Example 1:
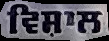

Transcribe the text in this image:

ਵਿਸ਼ਾਲ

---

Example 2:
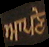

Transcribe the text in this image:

ਆਪਣੇ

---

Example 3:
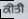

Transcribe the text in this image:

ਕੀਤੀ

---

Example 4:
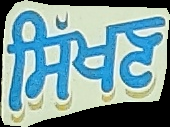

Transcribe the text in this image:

ਸਿੱਖਣ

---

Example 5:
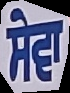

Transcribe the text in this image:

ਸੇਵਾ